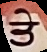
ਤੇ